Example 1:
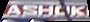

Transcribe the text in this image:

ASHOK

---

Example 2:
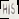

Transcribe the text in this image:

HIS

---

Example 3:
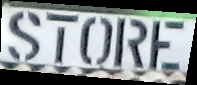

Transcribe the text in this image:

STORE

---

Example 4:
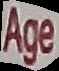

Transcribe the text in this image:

Age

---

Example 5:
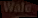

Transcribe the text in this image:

Wale